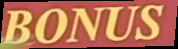
BONUS